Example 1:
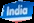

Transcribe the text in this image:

India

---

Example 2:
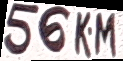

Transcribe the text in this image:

56K.M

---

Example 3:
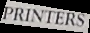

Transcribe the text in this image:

PRINTERS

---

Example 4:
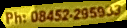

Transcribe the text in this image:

Ph:08452-295933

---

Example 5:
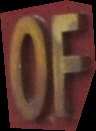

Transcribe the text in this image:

OF